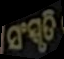
ସଂସ୍କୃତି